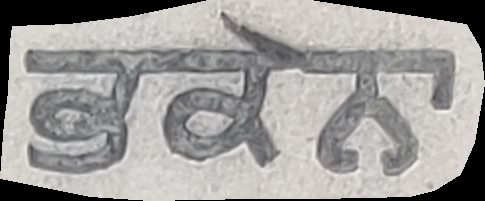
ਭਕੇਨਾ